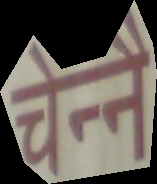
चेन्नै